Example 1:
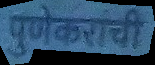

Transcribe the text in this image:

पुणेकरांची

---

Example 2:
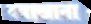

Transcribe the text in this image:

दवाखाना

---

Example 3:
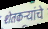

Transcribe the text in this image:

शेतकऱ्यांचे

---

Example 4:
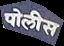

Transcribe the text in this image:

पोलीस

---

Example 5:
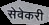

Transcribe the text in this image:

सेवेकरी